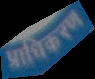
प्राधिकरण